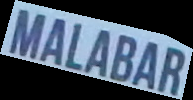
MALABAR